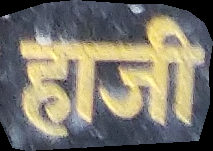
हाजी